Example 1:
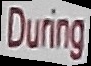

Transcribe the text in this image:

During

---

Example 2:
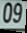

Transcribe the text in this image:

09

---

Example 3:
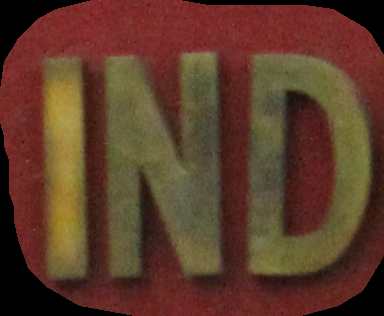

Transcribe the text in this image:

IND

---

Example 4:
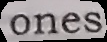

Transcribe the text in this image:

ones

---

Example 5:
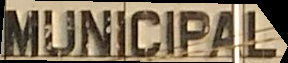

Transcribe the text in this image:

MUNICIPAL